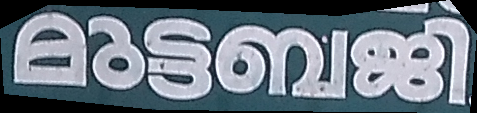
മുട്ടബജി